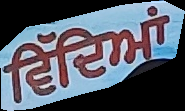
ਵਿੱਦਿਆਂ